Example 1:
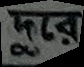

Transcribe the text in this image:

দুরে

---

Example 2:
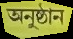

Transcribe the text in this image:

অনুষ্ঠান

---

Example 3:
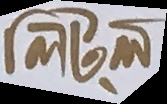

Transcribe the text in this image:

লিট্ল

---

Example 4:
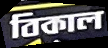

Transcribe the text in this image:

বিকাল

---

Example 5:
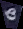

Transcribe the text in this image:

ও